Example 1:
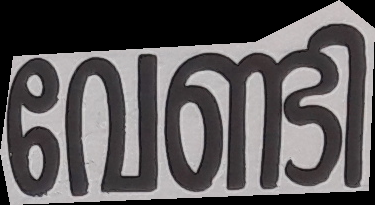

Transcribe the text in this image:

വേണ്ടി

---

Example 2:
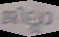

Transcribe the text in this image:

ജില്ലാ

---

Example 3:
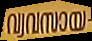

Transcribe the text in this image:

വ്യവസായ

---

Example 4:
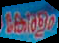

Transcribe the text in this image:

കേരളം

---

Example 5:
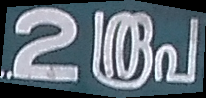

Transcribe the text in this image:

2 രൂപ